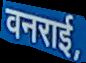
वनराई,